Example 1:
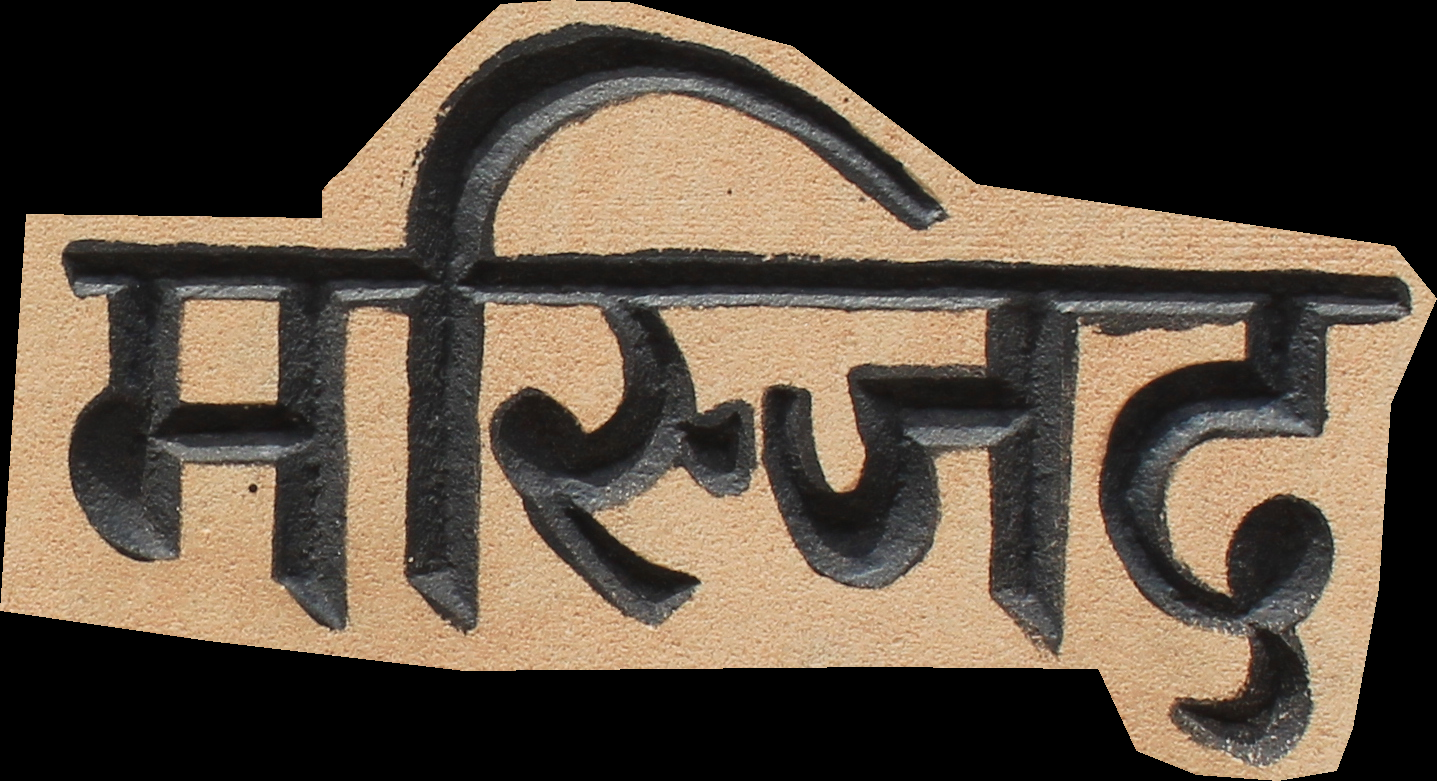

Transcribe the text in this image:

मस्जिद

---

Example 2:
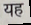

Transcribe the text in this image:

यह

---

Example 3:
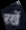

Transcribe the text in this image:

रखें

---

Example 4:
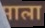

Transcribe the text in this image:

माला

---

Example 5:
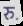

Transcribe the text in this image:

रु.